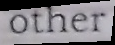
other